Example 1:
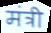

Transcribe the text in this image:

मंत्री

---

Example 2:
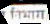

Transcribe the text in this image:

विभाग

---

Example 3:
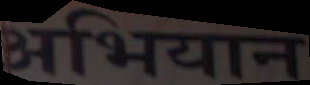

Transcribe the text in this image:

अभियान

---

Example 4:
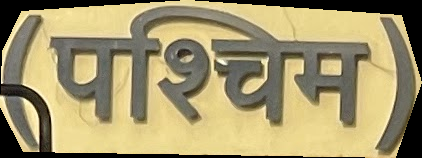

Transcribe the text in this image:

(पश्चिम)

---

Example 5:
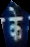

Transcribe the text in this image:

के